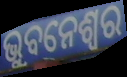
ଭୁବନେଶ୍ବର